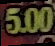
5.00